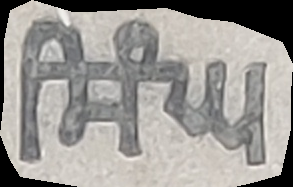
ਸਿੰਘ